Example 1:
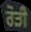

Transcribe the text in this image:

ਰੋੜੀ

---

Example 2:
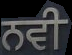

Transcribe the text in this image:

ਨਵੀ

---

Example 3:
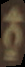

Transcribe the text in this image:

ਨੂੰ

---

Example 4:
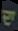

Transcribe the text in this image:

ਦਾ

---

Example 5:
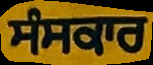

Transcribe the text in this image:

ਸੰਸਕਾਰ